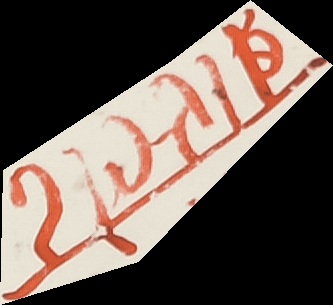
ब्रास्लेट